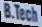
B.Tech